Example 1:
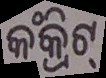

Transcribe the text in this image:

କକିଟ୍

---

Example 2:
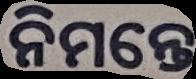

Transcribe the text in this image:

ନିମନ୍ତେ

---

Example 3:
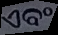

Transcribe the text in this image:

ଏବଂ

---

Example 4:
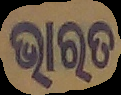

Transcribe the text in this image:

ଭାରତ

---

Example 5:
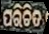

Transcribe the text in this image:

ପରିଚିତ